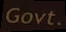
Govt.